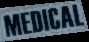
MEDICAL